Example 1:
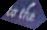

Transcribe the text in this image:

to the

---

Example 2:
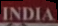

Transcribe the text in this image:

INDIA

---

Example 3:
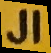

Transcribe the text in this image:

JI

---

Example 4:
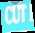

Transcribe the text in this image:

CUT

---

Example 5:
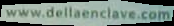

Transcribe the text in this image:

www.dellaenclave.com